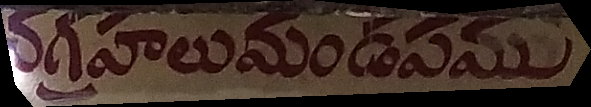
నగ్రహలుమండపము